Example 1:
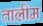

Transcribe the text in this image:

तालीम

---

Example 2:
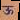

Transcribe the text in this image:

ऊ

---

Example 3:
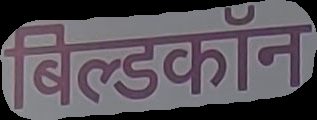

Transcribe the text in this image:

बिल्डकॉन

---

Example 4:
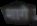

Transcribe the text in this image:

मागे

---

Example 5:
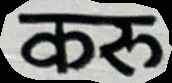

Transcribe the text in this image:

करु